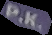
P.K.